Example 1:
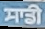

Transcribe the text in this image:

ਸਾਡੀ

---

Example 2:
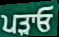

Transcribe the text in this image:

ਪੜਾਓ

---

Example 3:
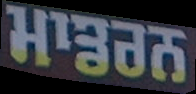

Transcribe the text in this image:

ਮਾਡਰਨ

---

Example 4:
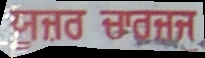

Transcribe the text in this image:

ਯੂਜ਼ਰ ਚਾਰਜਜ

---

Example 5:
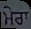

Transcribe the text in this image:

ਮੇਗ